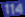
114